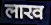
लारव